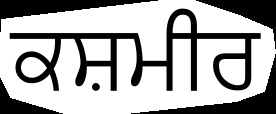
ਕਸ਼ਮੀਰ